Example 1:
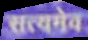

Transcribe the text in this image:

सत्यमेव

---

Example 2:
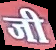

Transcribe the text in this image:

जी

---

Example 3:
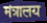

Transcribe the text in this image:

मंत्रालय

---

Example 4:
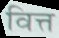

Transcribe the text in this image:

वित्त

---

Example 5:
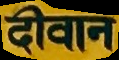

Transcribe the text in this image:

दीवान